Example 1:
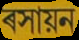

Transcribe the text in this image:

ৰসায়ন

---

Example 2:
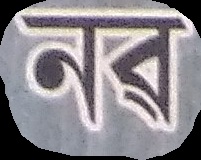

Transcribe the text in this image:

নৱ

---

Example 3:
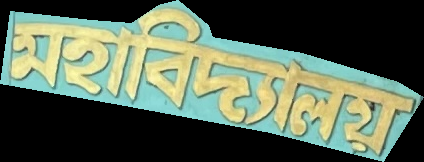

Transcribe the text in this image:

মহাবিদ্যালয়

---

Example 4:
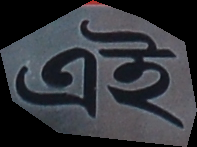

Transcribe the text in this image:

এই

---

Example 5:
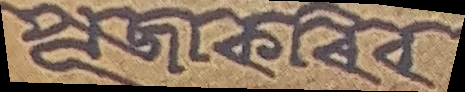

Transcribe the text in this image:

পুজাকৰিব